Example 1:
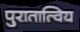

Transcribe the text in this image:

पुरातात्विय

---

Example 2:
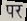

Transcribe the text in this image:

प‍र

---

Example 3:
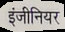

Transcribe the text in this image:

इंजीनियर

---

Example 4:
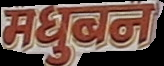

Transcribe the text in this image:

मधुबन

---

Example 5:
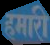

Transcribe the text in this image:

हमारी